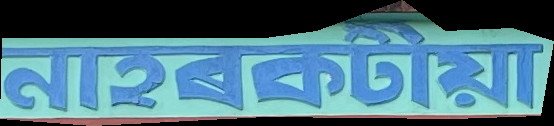
নাহৰকটীয়া